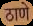
ठाणे